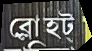
ব্লো হট